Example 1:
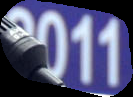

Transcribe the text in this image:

2011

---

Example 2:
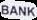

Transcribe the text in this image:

BANK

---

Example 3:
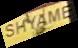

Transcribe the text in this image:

SHYAME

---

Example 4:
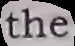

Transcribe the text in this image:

the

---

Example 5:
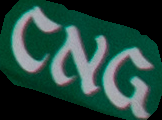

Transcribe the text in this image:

CNG